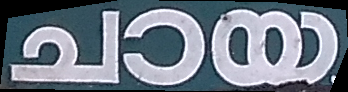
ചായ